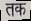
तक